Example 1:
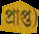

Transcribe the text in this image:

প্রাপ্ত)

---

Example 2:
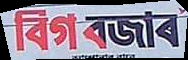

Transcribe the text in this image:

বিগবজাৰ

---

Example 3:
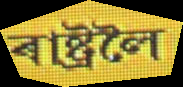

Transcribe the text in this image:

ৰাষ্ট্ৰলৈ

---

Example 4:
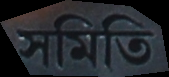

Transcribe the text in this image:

সমিতি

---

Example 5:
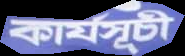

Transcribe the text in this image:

কাৰ্যসূচী